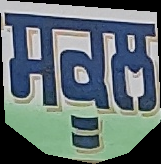
ਸਕੂਲ